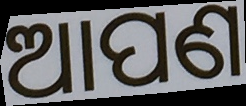
ଆପଣ